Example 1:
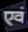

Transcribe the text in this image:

एवं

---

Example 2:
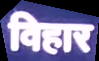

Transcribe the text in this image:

विहार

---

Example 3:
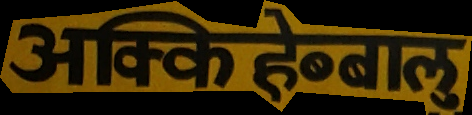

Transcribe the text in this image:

अक्किहेब्बालु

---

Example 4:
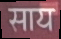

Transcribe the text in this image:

साय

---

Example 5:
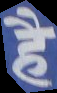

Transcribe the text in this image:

है